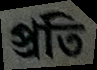
প্রতি